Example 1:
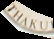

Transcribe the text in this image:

THAKU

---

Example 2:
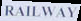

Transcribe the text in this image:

RAILWAY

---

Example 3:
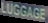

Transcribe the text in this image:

LUGGAGE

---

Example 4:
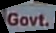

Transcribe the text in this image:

Govt.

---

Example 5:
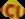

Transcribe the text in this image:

CL